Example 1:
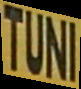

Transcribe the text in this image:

TUNI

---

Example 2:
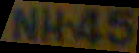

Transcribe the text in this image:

NH45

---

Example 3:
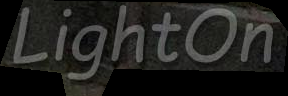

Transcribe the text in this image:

LightOn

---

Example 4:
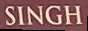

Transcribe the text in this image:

SINGH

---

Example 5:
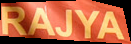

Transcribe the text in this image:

RAJYA